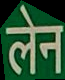
लेन